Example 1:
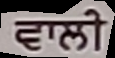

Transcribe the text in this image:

ਵਾਲੀ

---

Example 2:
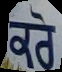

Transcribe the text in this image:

ਕਰੋ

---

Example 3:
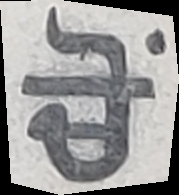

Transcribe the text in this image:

ਚੋਂ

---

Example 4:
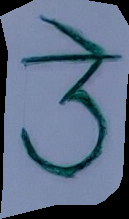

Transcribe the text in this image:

ਤੇ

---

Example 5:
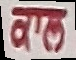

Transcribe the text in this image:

ਕਾਲ